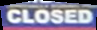
CLOSED